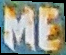
ME